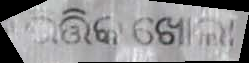
ଇଭିକ ଖୋଲା